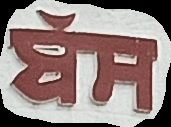
ਬੱਸ